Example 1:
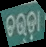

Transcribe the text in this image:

ଚଉଡ଼ା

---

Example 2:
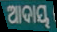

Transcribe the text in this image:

ଆଦାୟ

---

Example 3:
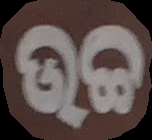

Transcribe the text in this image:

ଉଚ୍ଚ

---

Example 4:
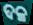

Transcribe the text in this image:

ଦଳ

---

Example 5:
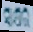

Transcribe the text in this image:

ସାକ୍ଷର